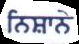
ਨਿਸ਼ਾਨੇ